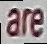
are